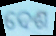
ଦେଣ